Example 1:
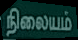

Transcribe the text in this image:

நிலையம்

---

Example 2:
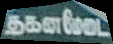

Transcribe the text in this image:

தகனமேடை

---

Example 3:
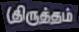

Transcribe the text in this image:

(திருத்தம்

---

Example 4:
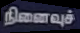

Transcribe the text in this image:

நினைவுச்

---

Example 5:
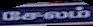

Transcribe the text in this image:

சேலம்